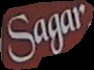
Sagar